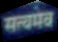
सत्यमेव